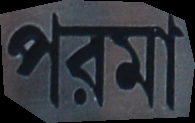
পরমা